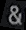
&